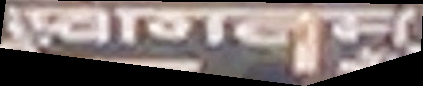
स्वागलम